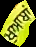
ਖੁਆਬਾਂ